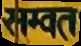
सम्वत